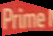
Prime